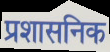
प्रशासनिक